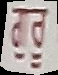
ਗੁਰੂ